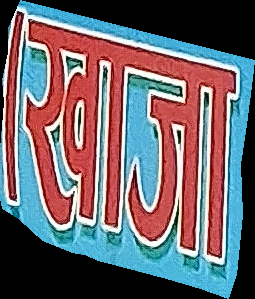
।खाजा